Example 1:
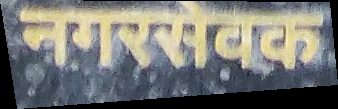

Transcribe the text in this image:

नगरसेवक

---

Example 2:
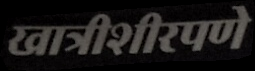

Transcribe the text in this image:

खात्रीशीरपणे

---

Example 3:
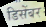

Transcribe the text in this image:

डिसेंबर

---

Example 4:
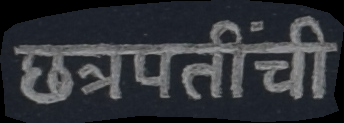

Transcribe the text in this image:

छत्रपतींची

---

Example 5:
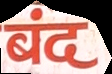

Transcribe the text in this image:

बंद